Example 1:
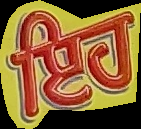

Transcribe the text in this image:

ਇਹ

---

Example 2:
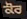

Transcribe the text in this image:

ਕੋਰ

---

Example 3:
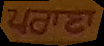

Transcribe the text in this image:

ਪੁਰਾਣਾ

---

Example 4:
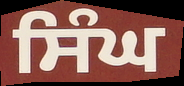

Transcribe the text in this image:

ਸਿੰਘ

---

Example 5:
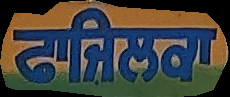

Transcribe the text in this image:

ਫਾਜਿਲਕ